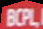
BCPL